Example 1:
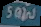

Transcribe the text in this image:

5 രൂപ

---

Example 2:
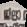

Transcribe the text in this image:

ജില്ലാ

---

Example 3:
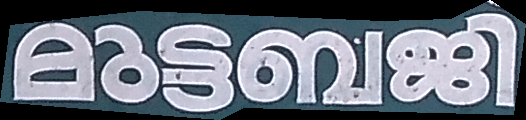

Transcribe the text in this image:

മുട്ടബജി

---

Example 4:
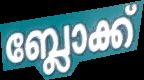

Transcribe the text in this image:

ബ്ലോക്ക്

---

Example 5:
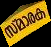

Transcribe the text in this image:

സ്മാരക